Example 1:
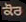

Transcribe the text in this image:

ਕੋਰ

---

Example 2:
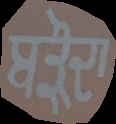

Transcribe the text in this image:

ਬੜੌਦਾ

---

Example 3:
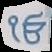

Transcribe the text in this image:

੧ਓ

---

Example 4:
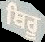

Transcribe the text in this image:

ਥਿਰੂ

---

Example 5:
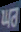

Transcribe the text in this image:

ਘਰ